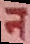
न